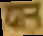
यान